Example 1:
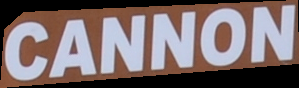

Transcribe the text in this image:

CANNON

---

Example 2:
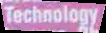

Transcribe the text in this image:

Technology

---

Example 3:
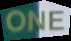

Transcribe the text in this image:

ONE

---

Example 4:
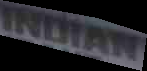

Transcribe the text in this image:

INDIAN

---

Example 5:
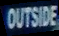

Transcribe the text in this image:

OUTSIDE